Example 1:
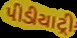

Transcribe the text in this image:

૫ીડીયાટ્રી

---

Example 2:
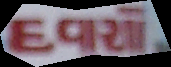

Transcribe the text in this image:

દવાઓ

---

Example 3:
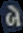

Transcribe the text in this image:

એ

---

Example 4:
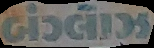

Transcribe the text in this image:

બંગ્લાંઝ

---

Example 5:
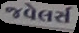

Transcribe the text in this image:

જવૅલર્સ